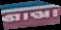
ଶାଖା